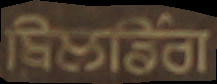
ਬਿਲਡਿੰਗ